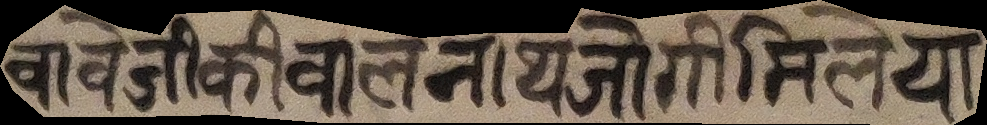
वावेजीकीवालनाथजोगीमिलया